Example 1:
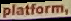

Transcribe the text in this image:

platform,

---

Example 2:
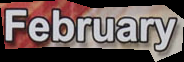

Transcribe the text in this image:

February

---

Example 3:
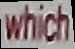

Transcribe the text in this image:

which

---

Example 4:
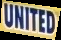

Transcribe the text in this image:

UNITED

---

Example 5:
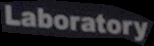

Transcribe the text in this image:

Laboratory